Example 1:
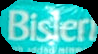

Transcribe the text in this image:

Bisleri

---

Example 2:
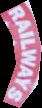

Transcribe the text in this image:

RAILWAYS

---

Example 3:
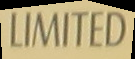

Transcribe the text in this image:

LIMITED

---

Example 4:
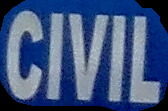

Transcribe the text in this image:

CIVIL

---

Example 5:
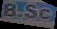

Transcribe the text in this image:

B.Sc